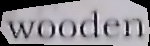
wooden